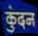
कुंदन